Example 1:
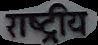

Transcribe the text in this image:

राष्‍ट्रीय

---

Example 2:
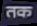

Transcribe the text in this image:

तक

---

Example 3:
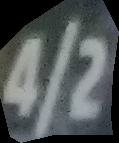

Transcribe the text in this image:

4/2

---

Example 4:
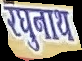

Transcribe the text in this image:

रघुनाथ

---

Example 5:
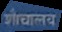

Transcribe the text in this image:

शौचालय